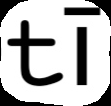
tī